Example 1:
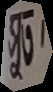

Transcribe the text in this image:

সুত৷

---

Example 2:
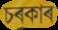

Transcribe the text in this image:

চৰকাৰ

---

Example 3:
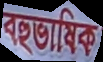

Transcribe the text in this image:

বহুভাষিক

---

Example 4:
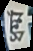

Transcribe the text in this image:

ধর্ম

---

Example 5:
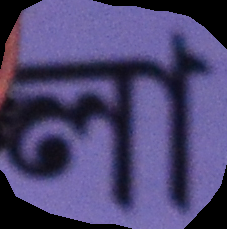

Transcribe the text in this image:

লা